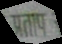
प्रताप